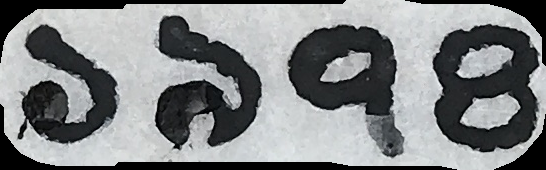
১ঌ৭৪